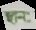
স্থান: